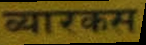
ब्यारकस